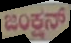
ಜಂಕ್ಷನ್